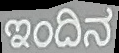
ಇಂದಿನ